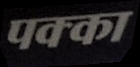
पक्का